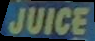
JUICE